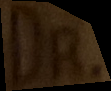
DR.